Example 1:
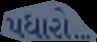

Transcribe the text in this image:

પધારો...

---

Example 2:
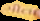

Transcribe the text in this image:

ગીતા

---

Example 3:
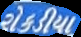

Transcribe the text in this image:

રોકડીયા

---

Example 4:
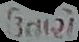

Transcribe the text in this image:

ઉતારો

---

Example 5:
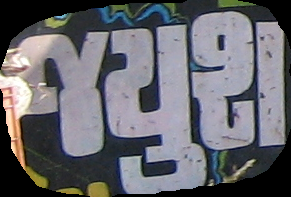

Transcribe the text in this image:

જયુશ